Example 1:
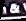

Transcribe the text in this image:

&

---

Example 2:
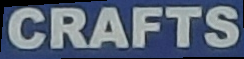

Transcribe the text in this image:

CRAFTS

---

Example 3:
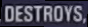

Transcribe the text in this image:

DESTROYS,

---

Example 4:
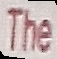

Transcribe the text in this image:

The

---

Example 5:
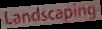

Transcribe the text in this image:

Landscaping